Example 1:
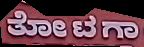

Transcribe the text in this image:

ತೋಟಗಾ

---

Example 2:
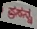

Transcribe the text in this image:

ಪ್ರಸನ್ನ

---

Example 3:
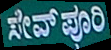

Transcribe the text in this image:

ಸೇವ್ ಪೂರಿ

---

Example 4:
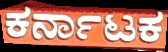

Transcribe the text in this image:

ಕರ್ನಾಟಕ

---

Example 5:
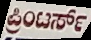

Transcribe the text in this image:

ಪ್ರಿಂಟಸ್೯